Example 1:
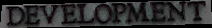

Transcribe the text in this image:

DEVELOPMENT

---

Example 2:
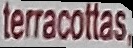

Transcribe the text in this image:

terracottas,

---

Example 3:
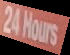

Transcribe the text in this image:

24Hours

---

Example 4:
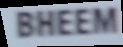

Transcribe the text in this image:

BHEEM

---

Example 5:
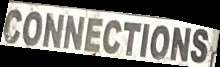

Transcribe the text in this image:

CONNECTIONS